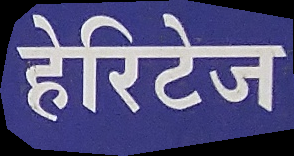
हेरिटेज